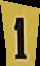
1